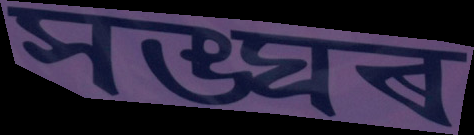
সঙ্ঘৰ